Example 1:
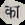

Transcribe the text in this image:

का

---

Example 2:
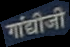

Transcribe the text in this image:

गांद्यीजी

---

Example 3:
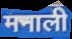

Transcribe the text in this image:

मनाली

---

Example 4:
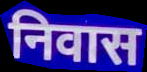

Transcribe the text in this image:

निवास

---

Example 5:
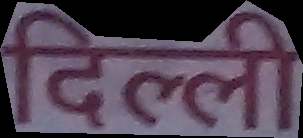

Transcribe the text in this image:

दिल्ली